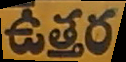
ఉత్తర